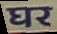
घर